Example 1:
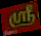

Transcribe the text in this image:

ஸ்ரீ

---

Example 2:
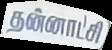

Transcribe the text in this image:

தன்னாட்சி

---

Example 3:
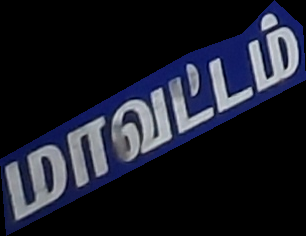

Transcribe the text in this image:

மாவட்டம்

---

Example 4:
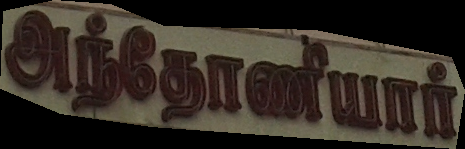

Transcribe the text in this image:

அந்தோணியார்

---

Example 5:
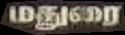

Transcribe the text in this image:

மதுரை